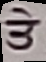
ਤੇ